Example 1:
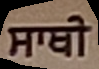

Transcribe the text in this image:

ਸਾਥੀ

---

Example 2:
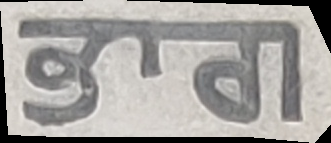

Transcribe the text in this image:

ਭਾਗ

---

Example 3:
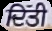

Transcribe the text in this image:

ਦਿੱਤੀ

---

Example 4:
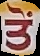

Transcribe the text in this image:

ਤੇਂ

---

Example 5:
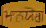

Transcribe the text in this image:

ਮਾਨਯੋਗ